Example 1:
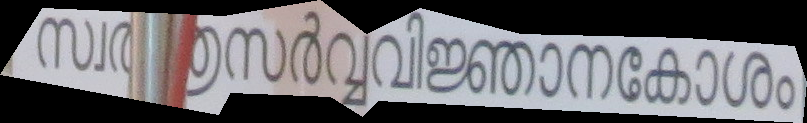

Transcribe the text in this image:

സ്വര സർവ്വവിജ്ഞാനകോശം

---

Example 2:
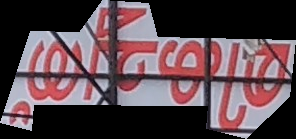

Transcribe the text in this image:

മികച്ചത്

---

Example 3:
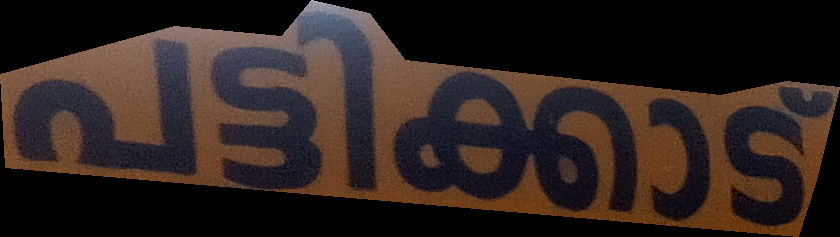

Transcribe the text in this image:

പട്ടിക്കാട്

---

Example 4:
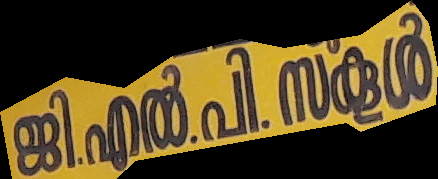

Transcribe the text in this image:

ജി.എൽ.പി. സ്‌കൂൾ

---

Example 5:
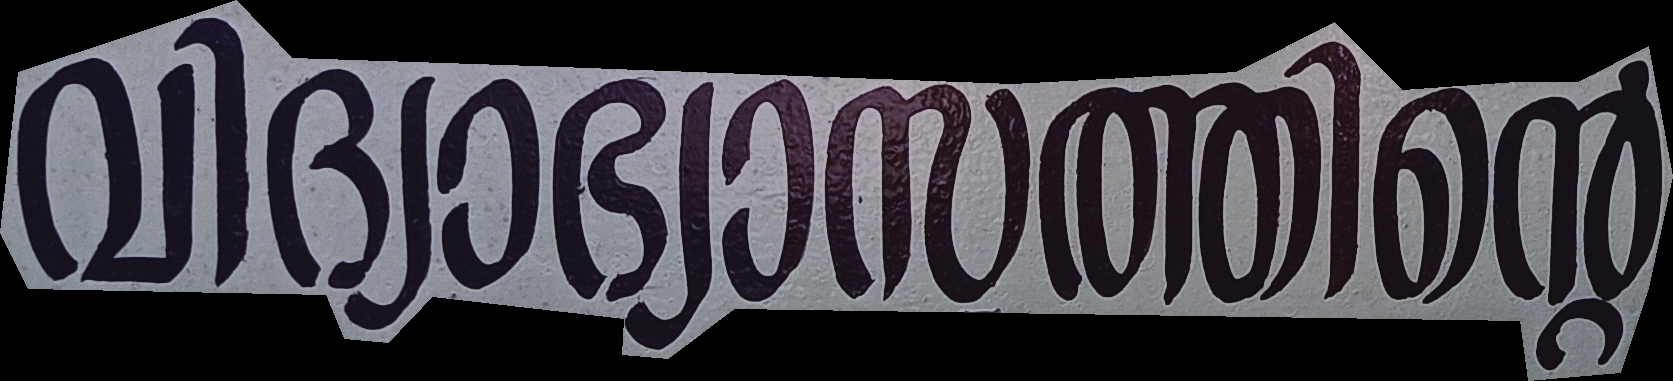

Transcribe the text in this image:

വിദ്യാഭ്യാസത്തിൻ്റെ